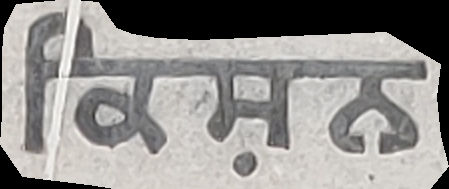
ਕਿਸ਼ਨ